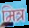
मित्र